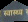
स्वास्थ्य